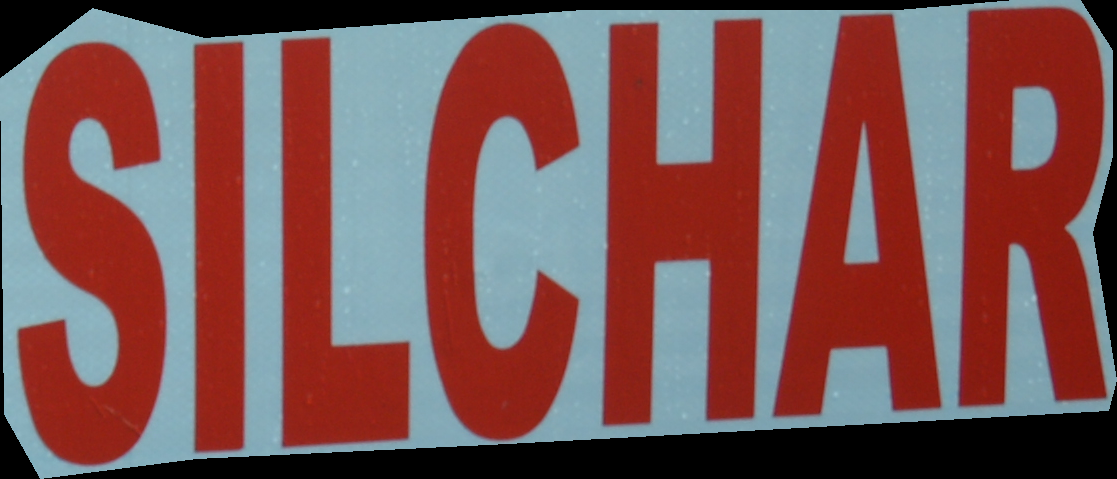
SILCHAR